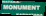
MONUMENT